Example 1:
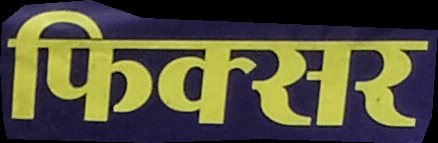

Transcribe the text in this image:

फिक्सर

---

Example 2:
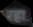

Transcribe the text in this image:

रहा,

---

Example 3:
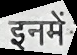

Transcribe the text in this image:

इनमें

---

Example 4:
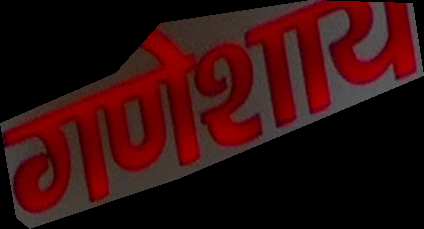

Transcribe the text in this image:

गणेशाय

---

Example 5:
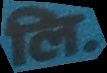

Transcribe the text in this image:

लि.